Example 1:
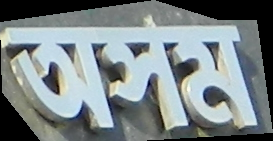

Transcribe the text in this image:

অসম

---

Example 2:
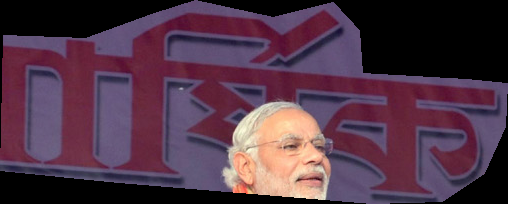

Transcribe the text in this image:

বার্ষিক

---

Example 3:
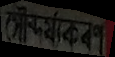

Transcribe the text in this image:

সৌন্দৰ্য্যকৰণ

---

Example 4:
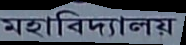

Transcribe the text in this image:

মহাবিদ্যালয়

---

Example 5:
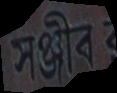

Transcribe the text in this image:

সঞ্জীব